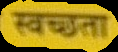
स्वच्छता